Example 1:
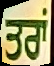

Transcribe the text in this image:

ਤਰਾਂ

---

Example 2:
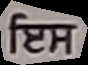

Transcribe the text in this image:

ਇਸ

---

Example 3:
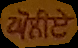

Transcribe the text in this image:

ਘੋਲੀਏ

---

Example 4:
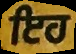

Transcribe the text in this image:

ਇਹ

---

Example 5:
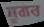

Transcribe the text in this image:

ਸ਼ੂਗਰ